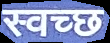
स्वच्छ